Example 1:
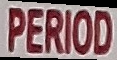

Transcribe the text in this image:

PERIOD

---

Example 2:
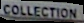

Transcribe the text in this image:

COLLECTION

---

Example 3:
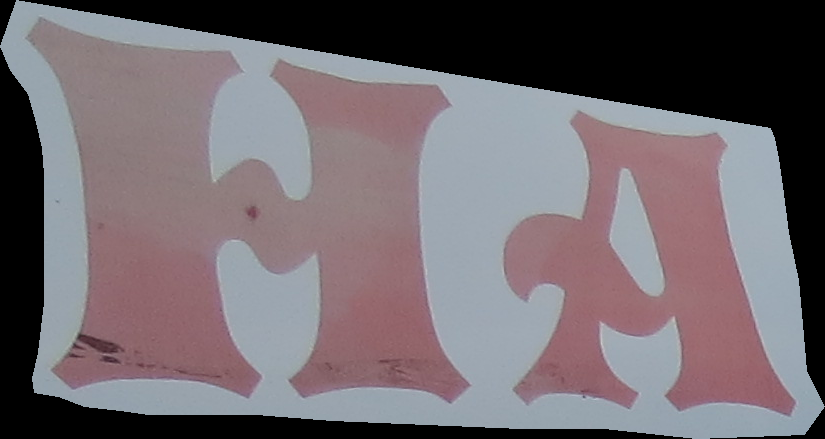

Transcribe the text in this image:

HA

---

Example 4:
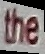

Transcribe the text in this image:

the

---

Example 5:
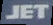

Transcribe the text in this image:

JET